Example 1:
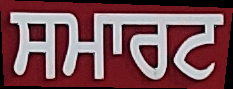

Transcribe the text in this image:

ਸਮਾਰਟ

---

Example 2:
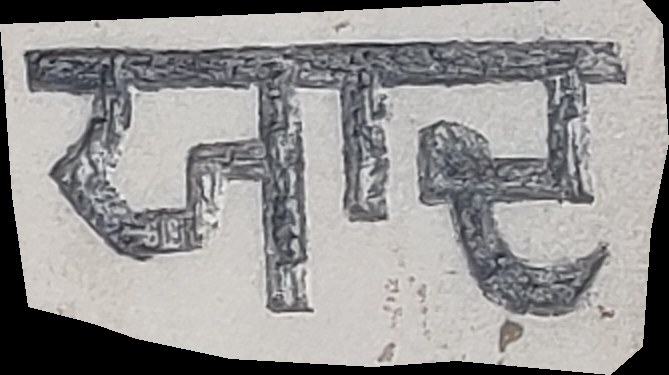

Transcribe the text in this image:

ਯਾਦ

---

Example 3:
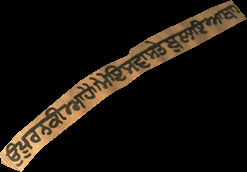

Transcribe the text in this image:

ਉਪੂਰਨਕੀਆਹੇ ਮੇਇਜਵਾਸਤੇ ਬੁਲਾਇਆਥਾ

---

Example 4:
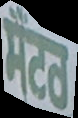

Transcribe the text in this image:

ਸੈਂਟਰ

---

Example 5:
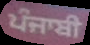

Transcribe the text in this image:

ਪੰਜਾਬੀ